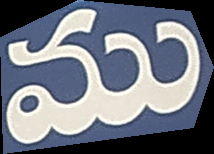
ము